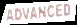
ADVANCED